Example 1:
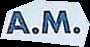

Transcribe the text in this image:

A.M.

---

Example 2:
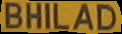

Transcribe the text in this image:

BHILAD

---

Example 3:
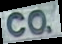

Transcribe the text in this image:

CO.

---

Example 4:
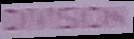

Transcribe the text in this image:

DIVISION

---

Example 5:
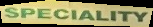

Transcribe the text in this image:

SPECIALITY